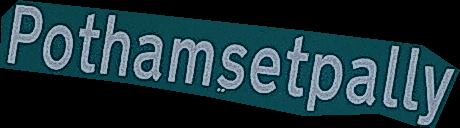
Pothamsetpally